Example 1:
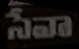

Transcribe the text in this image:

సేవా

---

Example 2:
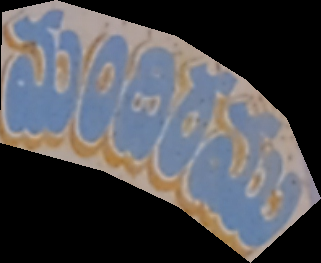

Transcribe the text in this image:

మందిరము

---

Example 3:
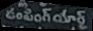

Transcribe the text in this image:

డంపింగ్ యార్డ్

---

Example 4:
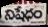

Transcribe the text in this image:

నిషేధం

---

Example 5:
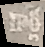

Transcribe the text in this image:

గార్ల